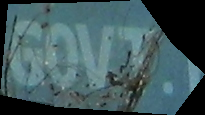
GOVT.